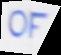
OF